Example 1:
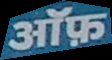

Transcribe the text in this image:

ऑफ़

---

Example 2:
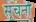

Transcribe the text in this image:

सूचना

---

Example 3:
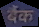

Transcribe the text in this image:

बैंक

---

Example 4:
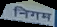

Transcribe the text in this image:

निगम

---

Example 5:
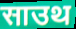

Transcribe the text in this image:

साउथ